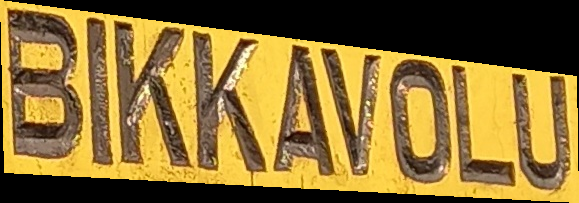
BIKKAVOLU